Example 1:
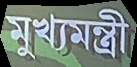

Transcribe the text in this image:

মুখ্যমন্ত্রী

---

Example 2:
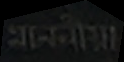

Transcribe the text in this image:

মাননীয়া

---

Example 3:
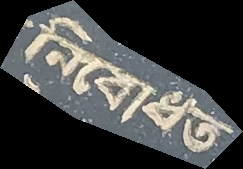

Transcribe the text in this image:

নিবোধত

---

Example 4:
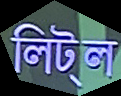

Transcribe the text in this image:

লিট্ল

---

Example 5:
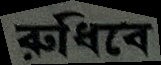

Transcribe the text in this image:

রুধিবে